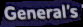
General